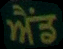
ਐਂਡ